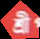
শ্রী